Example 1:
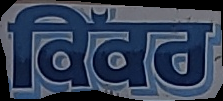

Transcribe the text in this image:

ਕਿੱਕਰ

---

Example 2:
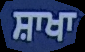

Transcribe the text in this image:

ਸ਼ਾਖਾ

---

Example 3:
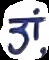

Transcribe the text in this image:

ਡਾਂ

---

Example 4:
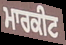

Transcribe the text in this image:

ਮਾਰਕੀਟ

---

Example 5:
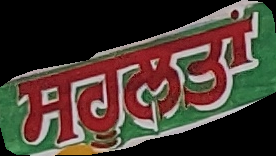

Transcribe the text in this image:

ਸਹੂਲਤਾਂ